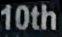
10th